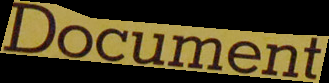
Document